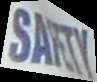
SAFETY